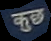
कुछ